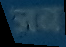
जब